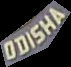
ODISHA